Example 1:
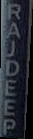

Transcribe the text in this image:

RAJDEEP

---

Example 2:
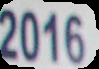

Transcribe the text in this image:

2016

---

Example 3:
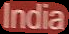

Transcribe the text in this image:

India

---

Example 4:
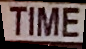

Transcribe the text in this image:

TIME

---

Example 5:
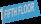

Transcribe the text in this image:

FIFTHFLOOR